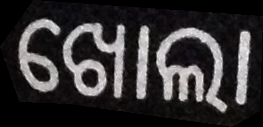
ଖୋଲା